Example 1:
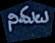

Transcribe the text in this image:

నిమట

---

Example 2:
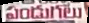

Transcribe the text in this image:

పండుగలు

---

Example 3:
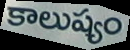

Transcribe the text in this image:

కాలుష్యం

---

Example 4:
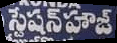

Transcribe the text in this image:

స్టేషన్ హౌజ్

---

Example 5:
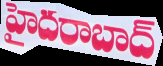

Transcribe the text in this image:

హైదరాబాద్